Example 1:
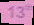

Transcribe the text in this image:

13th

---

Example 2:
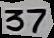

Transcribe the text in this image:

37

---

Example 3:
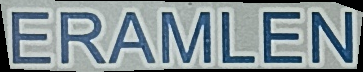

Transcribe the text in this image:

ERAMLEN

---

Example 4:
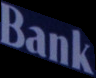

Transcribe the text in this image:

Bank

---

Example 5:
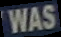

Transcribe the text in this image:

WAS